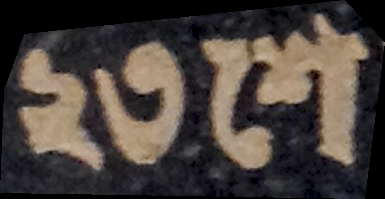
২৩শ